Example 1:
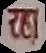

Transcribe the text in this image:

रहा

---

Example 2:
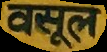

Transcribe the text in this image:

वसूल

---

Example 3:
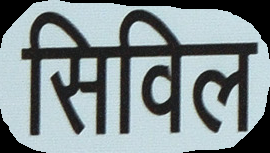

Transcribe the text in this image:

सिविल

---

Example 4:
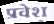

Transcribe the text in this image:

प्रवेश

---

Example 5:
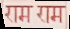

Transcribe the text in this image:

राम राम